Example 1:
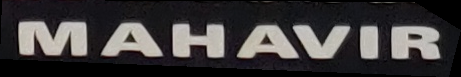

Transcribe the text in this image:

MAHAVIR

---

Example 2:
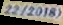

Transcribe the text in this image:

22/2018)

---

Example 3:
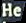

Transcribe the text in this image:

He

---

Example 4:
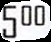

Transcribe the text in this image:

500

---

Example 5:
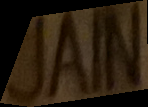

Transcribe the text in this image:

JAIN